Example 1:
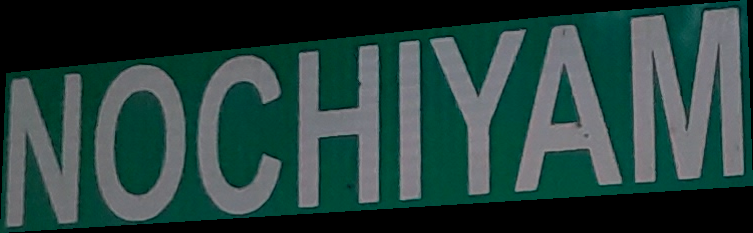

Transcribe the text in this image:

NOCHIYAM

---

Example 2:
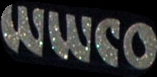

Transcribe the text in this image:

wwco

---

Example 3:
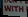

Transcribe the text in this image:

WITH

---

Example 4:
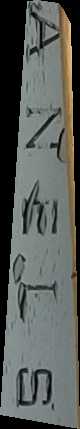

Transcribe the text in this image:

ANELS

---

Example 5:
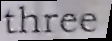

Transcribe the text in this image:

three